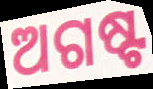
ଅଗଷ୍ଟ